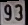
93